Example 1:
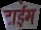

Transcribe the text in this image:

टाईम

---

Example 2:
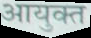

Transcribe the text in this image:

आयुक्त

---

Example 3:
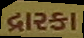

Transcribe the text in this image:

द्रा२$|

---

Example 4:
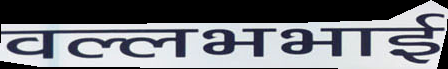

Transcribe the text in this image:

वल्लभभाई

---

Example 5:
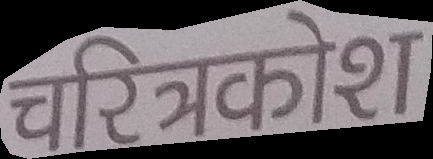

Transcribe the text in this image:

चरित्रकोश